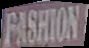
FASHION